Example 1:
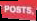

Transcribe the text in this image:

POSTS,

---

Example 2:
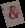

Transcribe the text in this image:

&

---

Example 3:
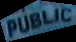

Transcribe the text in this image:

PUBLIC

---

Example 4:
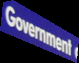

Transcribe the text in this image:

Government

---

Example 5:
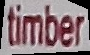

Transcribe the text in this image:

timber